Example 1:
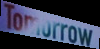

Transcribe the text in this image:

Tomorrow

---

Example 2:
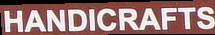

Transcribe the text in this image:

HANDICRAFTS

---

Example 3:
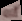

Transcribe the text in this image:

of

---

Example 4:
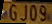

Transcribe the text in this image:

GJ09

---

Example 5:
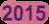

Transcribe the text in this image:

2015